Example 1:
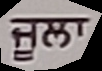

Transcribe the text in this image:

ਜੂਲਾ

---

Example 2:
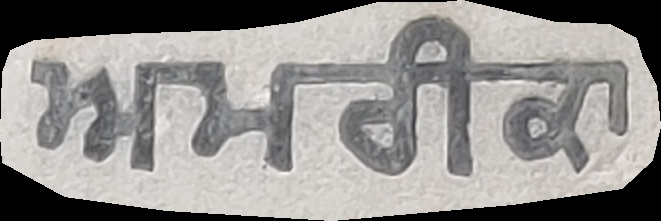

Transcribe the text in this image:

ਅਮਰੀਕਾ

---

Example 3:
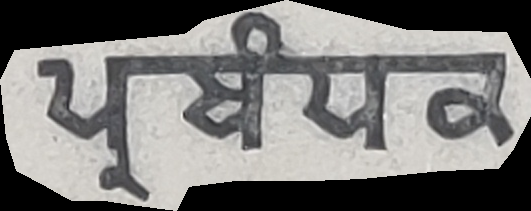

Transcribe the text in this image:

ਪ੍ਰਬੰਧਕ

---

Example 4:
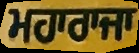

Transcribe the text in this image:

ਮਹਾਰਾਜਾ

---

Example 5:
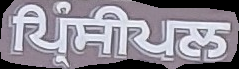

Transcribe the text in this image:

ਪ੍ਰੀਿਸੀਪਲ